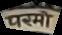
परमो